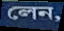
লেন,